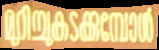
മുറിമ്പുകടക്കുമ്പോൾ